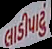
લાડીપાટું